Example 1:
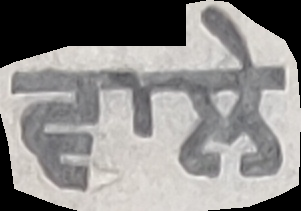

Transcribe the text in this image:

ਵਾਲੇ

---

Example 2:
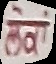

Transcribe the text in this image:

ਲੋਕਾਂ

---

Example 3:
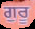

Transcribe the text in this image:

ਗੁਰੂ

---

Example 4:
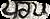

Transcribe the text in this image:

ਪਹਪ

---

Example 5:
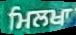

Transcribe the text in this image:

ਮਿਲਖਾ